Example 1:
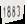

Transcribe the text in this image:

1883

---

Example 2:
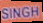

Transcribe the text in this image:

SINGH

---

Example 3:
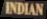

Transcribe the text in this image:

INDIAN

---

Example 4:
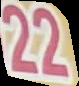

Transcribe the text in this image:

22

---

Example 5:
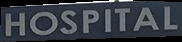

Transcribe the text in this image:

HOSPITAL